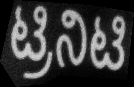
ಟ್ರಿನಿಟಿ